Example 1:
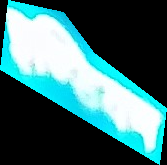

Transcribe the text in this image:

इण्डियन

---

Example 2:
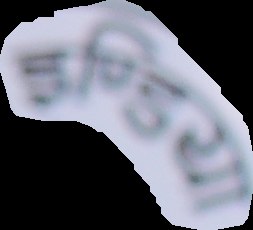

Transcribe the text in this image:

इण्डिया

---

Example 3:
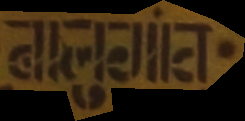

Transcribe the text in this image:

बालुगांव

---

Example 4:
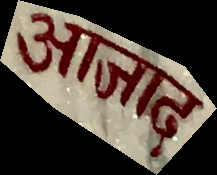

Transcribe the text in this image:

आजाद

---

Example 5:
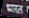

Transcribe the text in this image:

भारत